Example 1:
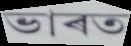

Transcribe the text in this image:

ভাৰত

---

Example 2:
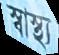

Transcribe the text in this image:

স্বাস্থ্য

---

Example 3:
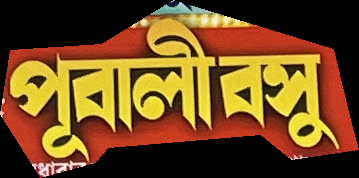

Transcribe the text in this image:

পুবলীবসু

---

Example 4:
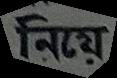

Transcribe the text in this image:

নিয়ে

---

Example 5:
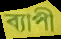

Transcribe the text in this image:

ব্যাপী